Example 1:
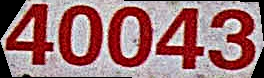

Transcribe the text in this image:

40043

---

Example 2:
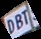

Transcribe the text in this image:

DBT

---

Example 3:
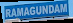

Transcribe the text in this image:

RAMAGUNDAM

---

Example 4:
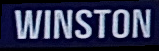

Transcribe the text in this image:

WINSTON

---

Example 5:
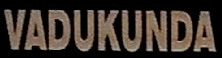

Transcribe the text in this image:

VADUKUNDA